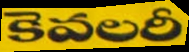
కెవలరీ